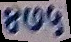
४७५